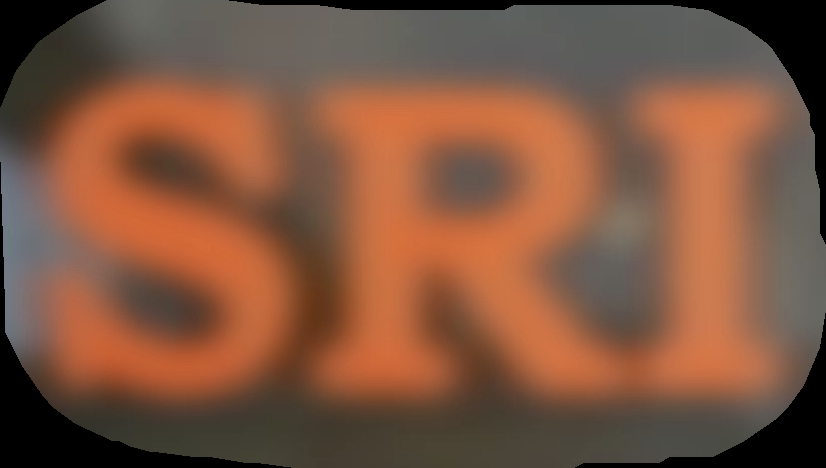
SRI